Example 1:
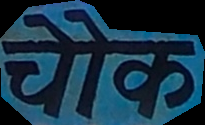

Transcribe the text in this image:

चौक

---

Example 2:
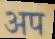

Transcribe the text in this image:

अप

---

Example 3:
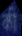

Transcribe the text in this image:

की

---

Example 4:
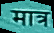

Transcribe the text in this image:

मात्र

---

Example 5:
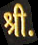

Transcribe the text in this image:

श्री.